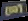
ശ്രീ